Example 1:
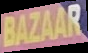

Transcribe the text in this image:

BAZAAR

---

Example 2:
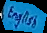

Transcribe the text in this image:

English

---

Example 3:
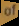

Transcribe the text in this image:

of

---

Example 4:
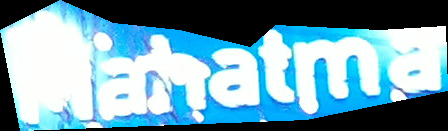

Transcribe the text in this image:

Mahatma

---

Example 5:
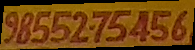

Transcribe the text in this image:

98552-75456